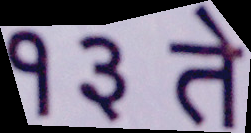
१३ते